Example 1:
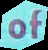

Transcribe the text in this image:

of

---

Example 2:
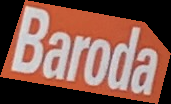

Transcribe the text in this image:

Baroda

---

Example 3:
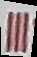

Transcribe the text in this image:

III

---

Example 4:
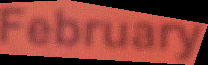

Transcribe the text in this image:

February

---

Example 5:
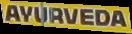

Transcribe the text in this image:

AYURVEDA